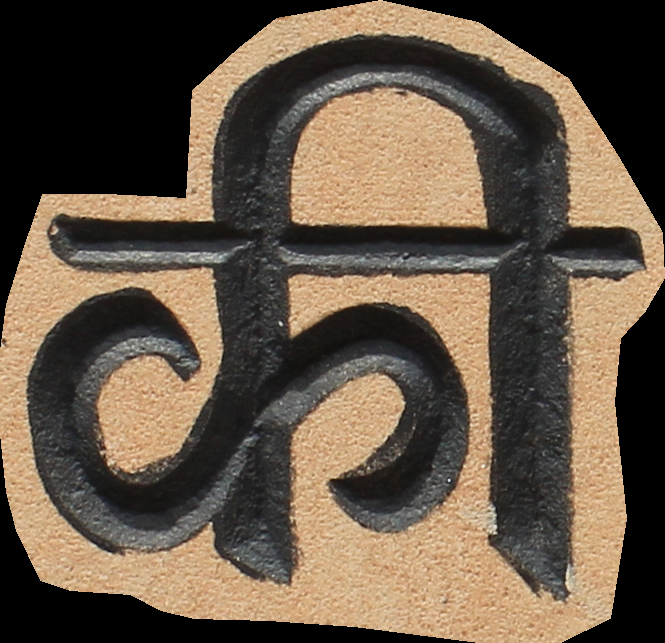
क‍ी